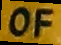
OF